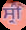
ਸूੀ